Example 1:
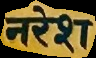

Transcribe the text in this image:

नरेश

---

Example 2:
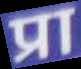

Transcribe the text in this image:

प्रा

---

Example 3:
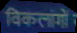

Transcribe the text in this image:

विकलांगों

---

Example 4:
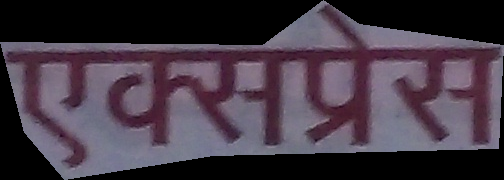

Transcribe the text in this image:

एक्सप्रेस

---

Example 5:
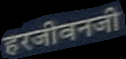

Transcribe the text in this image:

हरजीवनजी